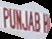
PUNJAB H